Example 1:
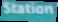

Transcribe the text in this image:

Station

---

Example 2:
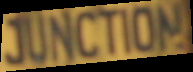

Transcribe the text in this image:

JUNCTION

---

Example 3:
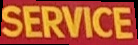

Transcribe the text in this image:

SERVICE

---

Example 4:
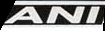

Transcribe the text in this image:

ANI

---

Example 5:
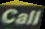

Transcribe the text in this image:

Call